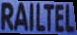
RAILTEL